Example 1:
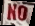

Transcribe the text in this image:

NO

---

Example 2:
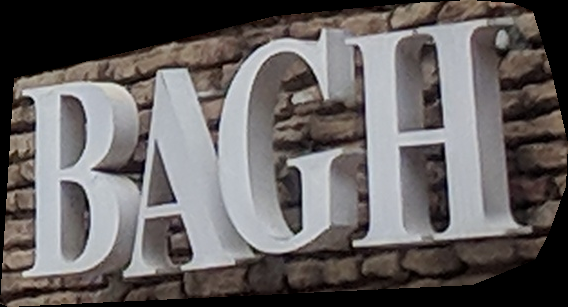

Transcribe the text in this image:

34611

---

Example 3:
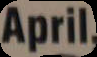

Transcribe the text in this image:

April.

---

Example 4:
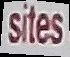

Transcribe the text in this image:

sites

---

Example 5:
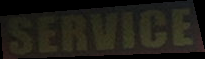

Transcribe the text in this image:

SERVICE